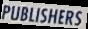
PUBLISHERS